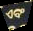
ଏବଂ